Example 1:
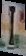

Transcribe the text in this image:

I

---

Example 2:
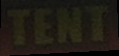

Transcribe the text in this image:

TENT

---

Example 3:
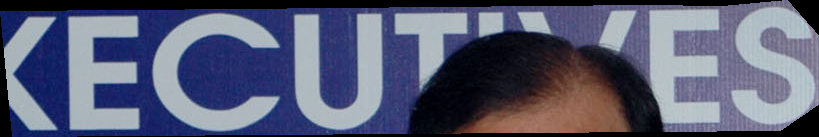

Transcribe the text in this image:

ECU ES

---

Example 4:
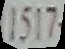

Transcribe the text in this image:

1517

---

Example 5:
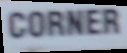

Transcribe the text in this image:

CORNER